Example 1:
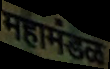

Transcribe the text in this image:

महामंडळ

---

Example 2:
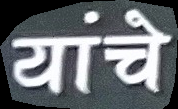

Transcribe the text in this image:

यांचे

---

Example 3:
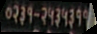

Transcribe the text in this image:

०२३१-२५३५३१०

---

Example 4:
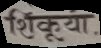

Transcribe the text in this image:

शिंकूया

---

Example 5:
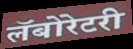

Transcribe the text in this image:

लॅबोरेटरी